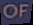
OF